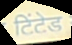
टिंटेड